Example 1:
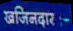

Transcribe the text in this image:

खजिनदार:-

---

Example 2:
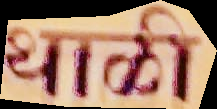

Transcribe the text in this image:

थाळी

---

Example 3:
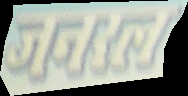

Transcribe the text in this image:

जनरल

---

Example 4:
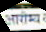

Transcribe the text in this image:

आरोग्य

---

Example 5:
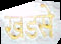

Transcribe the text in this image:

खडसे